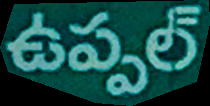
ఉప్పల్